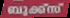
ബൂക്ക്സ്